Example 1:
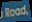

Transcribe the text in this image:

Road,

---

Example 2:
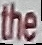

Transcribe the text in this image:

the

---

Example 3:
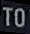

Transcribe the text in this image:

TO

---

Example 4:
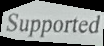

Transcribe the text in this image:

Supported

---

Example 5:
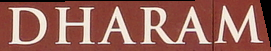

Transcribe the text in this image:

DHARAM